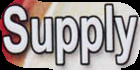
Supply